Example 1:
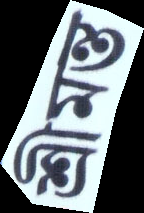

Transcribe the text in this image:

শ্রীমন্ত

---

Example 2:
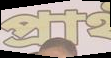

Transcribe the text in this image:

প্রার্থ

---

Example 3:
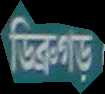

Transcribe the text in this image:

ডিব্ৰুগড়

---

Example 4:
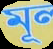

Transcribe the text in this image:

মূল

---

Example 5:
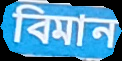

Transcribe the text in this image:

বিমান